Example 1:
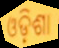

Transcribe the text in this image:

ଓଡ଼ିଶା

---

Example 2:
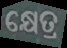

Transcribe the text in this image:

କ୍ଷେତ୍ର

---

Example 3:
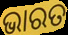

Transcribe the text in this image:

ଭାରତ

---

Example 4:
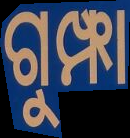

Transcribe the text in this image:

ଗୁମ୍ଫା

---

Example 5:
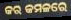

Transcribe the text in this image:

କର କମଳରେ